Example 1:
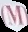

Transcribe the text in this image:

(M)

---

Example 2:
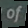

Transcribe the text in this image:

of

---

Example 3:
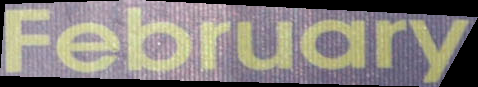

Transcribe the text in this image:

February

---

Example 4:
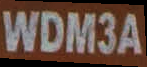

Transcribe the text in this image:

WDM3A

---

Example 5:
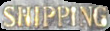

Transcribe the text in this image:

SHIPPING